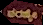
ಠರನ್ಯೇ